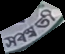
সৰস্বতী